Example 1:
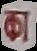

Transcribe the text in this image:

का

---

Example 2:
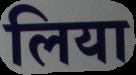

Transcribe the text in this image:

लिया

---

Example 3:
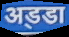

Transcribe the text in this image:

अड्डा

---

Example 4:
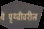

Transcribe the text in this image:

पृथ्वीवरील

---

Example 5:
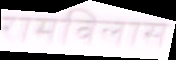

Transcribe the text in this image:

रामविलास